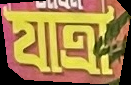
যাত্রা